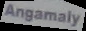
Angamaly